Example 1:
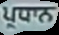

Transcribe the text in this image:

ਪ੍ਰਧਾਨ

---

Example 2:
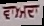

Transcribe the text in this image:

ਵਾਅਦਾ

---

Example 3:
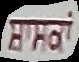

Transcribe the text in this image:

ਸ਼ਾਸਕਾਂ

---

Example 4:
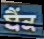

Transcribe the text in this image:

ਬੈਂਕ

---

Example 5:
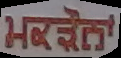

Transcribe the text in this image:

ਮਕੜੌਨਾਂ